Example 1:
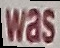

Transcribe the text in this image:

was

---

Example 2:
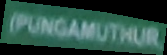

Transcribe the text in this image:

(PUNGAMUTHUR,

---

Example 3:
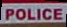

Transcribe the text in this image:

POLICE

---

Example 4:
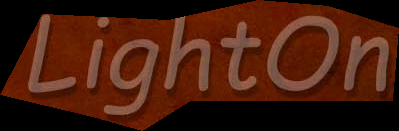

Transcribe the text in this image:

LightOn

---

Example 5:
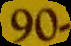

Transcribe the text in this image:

90-